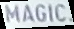
MAGIC.